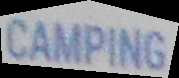
CAMPING